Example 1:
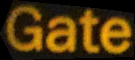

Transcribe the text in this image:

Gate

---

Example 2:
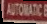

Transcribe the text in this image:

AUTOMATIC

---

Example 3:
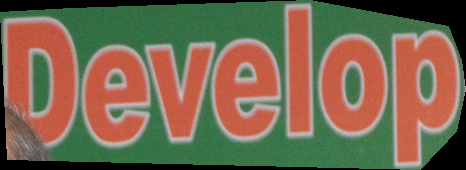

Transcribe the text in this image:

Develop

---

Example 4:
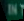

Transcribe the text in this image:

IN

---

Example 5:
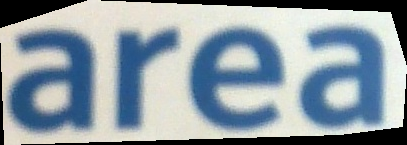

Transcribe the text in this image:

area